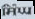
ਸਿੰਘ